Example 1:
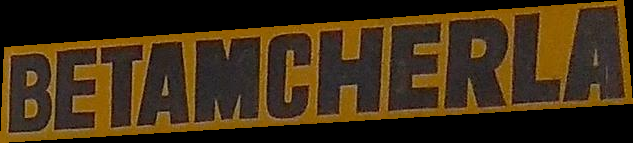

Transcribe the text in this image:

BETAMCHERLA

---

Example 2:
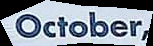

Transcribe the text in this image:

October,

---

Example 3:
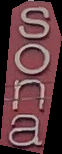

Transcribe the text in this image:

Sona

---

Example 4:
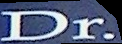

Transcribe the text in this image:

Dr.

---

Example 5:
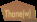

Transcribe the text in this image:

Thane(w)